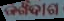
କଖଦାଶ